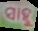
ସିଲୁ